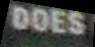
DOES